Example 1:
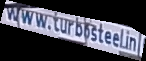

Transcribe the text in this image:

www.turbosteel.in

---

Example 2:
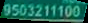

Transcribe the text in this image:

9503211100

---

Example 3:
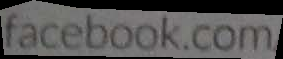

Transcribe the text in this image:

facebook.com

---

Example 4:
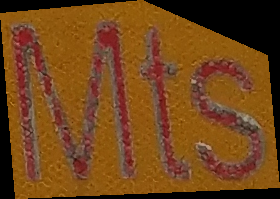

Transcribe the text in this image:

Mts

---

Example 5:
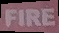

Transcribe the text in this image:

FIRE